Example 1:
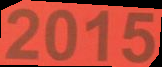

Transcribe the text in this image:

2015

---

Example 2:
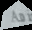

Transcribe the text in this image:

As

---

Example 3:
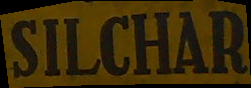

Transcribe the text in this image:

SILCHAR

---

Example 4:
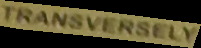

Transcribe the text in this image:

TRANSVERSELY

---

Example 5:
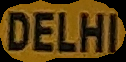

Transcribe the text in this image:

DELHI